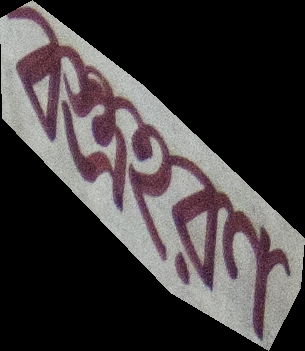
বস্ত্রহরণ